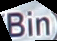
Bin